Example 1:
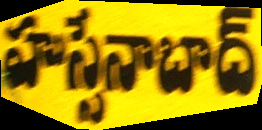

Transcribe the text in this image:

హస్సేనాబాద్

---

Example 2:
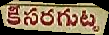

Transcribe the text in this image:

కిసరగుట్స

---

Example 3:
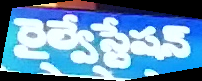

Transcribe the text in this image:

రైల్వేష్టషన్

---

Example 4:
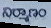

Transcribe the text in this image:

నిర్మాణం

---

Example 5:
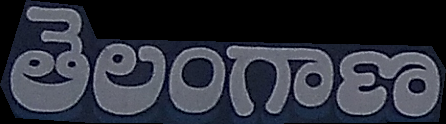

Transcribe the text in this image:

తెలంగాణ